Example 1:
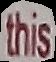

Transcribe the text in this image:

this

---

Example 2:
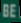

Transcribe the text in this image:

BE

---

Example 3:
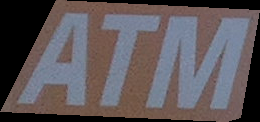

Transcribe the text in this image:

ATM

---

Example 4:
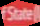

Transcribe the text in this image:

State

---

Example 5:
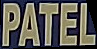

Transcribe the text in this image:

PATEL